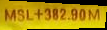
MSL+382.90M